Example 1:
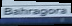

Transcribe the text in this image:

Bahragora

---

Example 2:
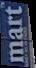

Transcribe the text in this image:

mart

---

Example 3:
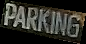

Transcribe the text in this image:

PARKING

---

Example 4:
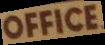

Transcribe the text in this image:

OFFICE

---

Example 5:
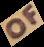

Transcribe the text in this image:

OF